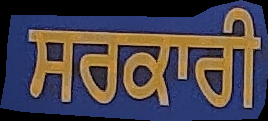
ਸਰਕਾਰੀ